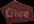
Give